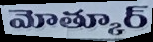
మోత్కూర్